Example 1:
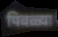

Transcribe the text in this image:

पिवळ्या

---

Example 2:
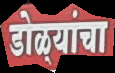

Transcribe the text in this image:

डोळ्यांचा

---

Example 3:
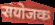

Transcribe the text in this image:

संयोजक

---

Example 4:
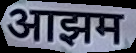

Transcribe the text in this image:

आझम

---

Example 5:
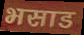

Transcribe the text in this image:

भसाड